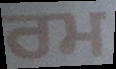
ਰਮ